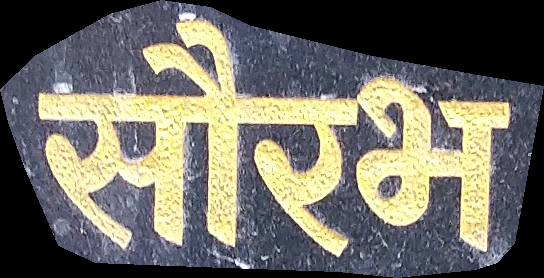
सौरभ